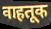
वाहतूक